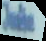
India